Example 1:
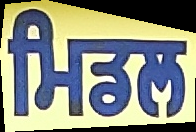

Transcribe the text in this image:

ਮਿਡਲ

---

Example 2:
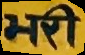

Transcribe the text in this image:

ਮਦੀ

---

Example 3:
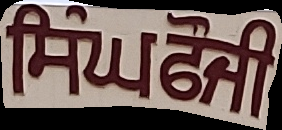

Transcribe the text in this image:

ਸਿੰਘਫੌਜੀ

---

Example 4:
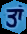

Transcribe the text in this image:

ਤਾ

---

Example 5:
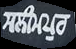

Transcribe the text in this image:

ਸਲੀਮਪੁਰ